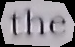
the